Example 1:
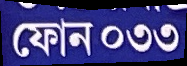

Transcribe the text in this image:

ফোন০৩৩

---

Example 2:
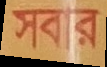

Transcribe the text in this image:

সবার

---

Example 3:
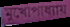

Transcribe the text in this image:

মুখোপাধ্যায়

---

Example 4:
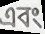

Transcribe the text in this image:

এবং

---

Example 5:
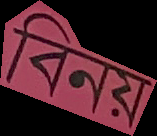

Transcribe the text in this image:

বিনয়